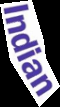
Indian